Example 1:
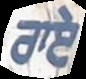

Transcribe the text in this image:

ਰਾਏ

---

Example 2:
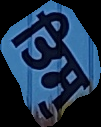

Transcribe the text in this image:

ਤਿਸੁ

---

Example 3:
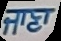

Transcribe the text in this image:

ਜਾਣਾ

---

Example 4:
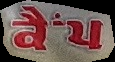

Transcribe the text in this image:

ਕੈਂਪ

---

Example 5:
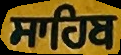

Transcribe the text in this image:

ਸਾਹਿਬ